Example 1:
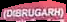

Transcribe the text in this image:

(DIBRUGARH)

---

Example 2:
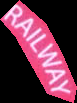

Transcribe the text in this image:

RAILWAY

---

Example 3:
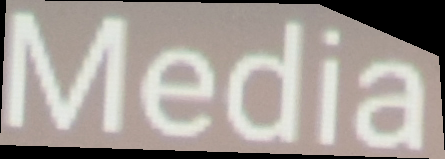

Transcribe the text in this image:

Media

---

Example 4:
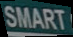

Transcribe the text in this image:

SMART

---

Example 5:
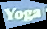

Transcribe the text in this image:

Yoga